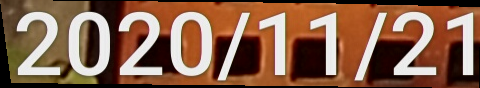
2020/11/21